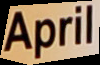
April